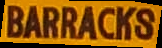
BARRACKS